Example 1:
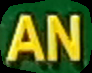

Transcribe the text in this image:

AN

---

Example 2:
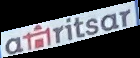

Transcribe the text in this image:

amritsar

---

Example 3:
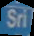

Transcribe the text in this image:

Sri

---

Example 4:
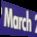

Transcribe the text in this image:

March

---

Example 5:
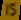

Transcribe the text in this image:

15